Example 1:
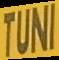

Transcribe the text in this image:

TUNI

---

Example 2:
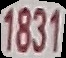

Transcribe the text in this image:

1831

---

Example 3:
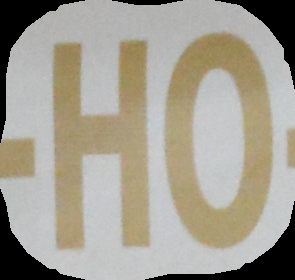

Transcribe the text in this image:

HO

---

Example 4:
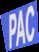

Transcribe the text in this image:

PAC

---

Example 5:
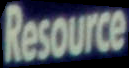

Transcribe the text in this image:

Resource